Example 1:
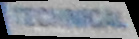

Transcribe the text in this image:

TECHNICAL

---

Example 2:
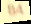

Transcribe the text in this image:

84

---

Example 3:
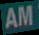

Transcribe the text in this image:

AM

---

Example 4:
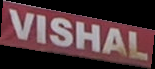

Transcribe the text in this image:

VISHAL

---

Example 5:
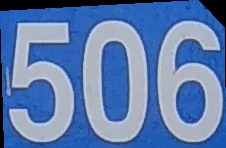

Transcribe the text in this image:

506